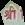
श्री